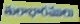
తులాభారములు